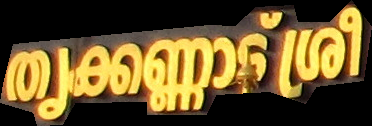
തൃക്കണ്ണാട്ശ്രീ